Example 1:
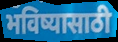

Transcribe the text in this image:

भविष्यासाठी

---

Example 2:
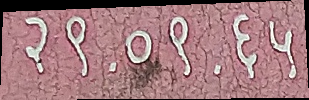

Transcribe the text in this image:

२९.०१.६५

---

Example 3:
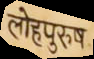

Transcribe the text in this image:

लोहपुरुष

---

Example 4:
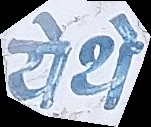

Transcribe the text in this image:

येथे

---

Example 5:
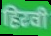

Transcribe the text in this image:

हिरवी